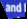
and|